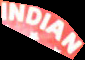
INDIAN